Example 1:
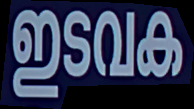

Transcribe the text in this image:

ഇടവക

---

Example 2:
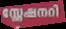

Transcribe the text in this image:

സ്റ്റേഷനറി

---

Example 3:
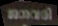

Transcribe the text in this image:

ജനുവരി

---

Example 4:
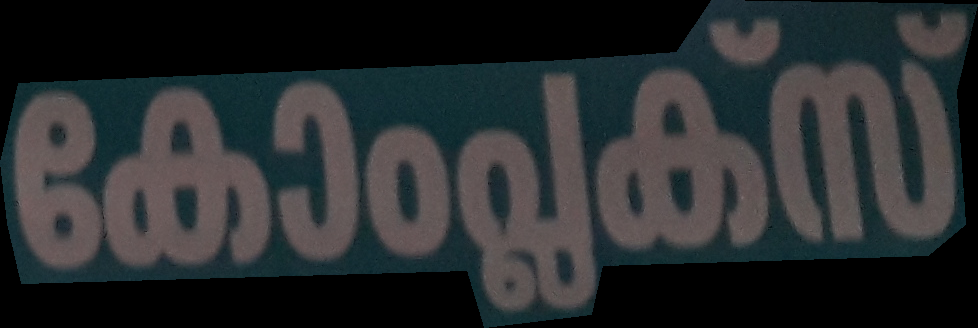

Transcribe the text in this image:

കോംപ്ലക്‌സ്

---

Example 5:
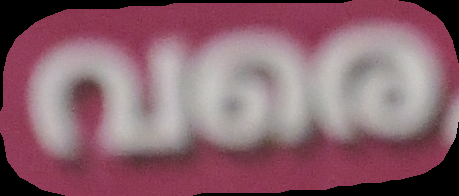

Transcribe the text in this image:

വരെ